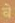
वे